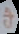
ਹੈ